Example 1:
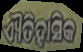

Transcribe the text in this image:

ଐତିହାସିକ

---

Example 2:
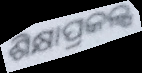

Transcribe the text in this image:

ଶିକ୍ଷାପ୍ରକଳ୍ପ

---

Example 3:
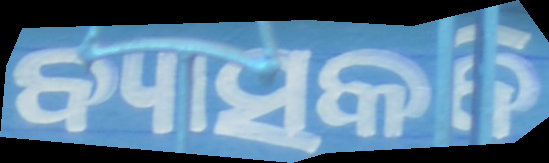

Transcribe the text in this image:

ଦ୍ଯାସକଦି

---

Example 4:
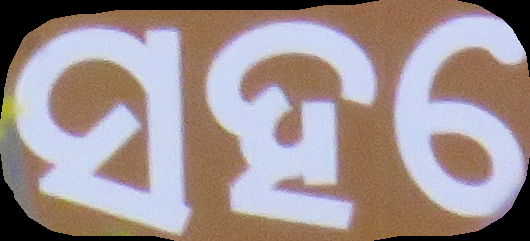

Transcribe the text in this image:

ସହ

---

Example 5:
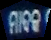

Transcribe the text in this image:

ମାଦକ